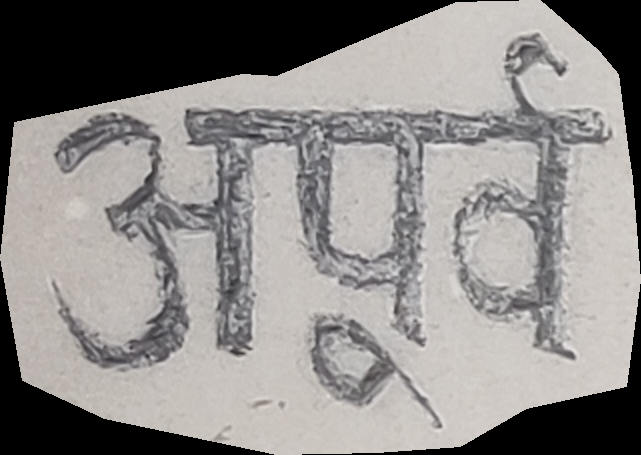
अपूर्व